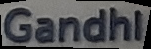
Gandhi